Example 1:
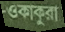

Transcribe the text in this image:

ওকাকুরা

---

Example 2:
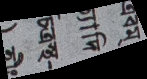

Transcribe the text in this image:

হীং চিত্রস্থ ত্যাদি। এবম্ ওঁ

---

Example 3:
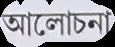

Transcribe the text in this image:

আলোচনা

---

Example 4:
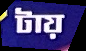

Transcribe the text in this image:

টায়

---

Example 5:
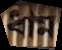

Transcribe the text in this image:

ধাম